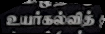
உயா்கல்வித்